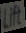
Lift